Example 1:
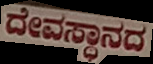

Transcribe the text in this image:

ದೇವಸ್ಧಾನದ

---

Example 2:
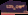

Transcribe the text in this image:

ಬ್ಯಾಂಕ್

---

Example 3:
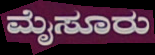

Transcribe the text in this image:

ಮೈಸೂರು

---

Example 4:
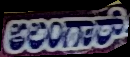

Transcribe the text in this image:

ಅಲಂಗಾರ್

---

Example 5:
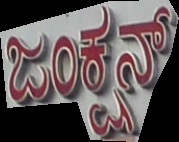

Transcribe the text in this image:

ಜಂಕ್ಷನ್